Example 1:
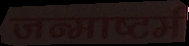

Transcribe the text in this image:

जन्माष्टमी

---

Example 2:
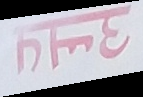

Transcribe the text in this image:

उन्नत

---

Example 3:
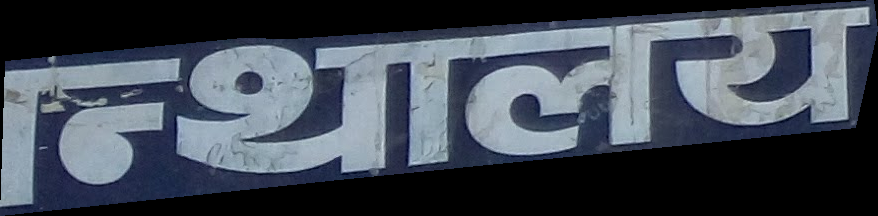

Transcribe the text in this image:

न्थालय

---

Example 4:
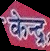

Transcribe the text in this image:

केन्द्र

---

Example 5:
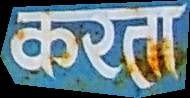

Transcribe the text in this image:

करता